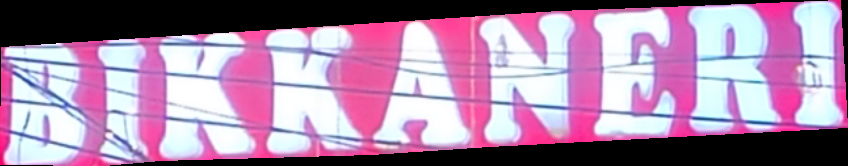
BIKKANERI